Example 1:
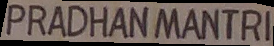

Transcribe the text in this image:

PRADHANMANTRI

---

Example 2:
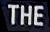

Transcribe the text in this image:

THE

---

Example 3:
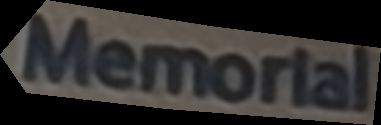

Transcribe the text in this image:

Memorial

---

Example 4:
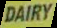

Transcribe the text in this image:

DAIRY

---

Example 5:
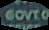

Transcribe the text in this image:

GOVT